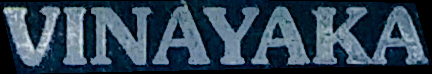
VINAYAKA